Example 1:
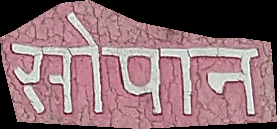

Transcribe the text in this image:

सोपान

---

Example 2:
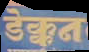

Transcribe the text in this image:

डेक्कन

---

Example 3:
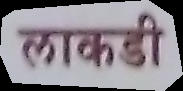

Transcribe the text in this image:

लाकडी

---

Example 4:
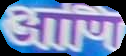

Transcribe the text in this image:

आणि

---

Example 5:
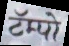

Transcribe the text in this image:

टॅम्पो